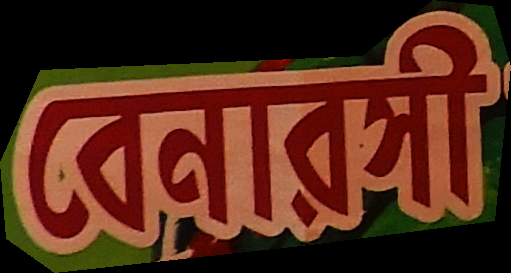
বেনারসী